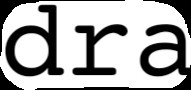
dra